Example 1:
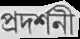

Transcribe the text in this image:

প্রদর্শনী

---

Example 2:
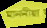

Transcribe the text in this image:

মাননীয়া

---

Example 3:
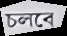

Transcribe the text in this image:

চলবে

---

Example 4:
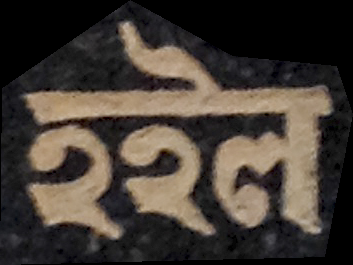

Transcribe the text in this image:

হইল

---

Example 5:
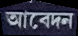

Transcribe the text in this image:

আবেদন